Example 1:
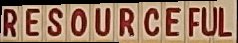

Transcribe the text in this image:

RESOURCEFUL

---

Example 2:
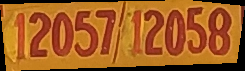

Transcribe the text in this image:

12057/12058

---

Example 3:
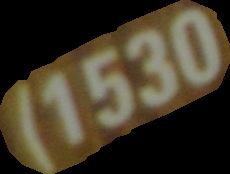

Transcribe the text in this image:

(1530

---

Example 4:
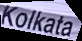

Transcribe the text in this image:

Kolkata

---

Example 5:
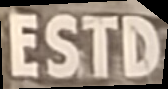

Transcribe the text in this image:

ESTD